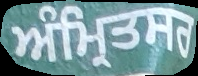
ਅੰਮ੍ਰਿਤਸਰ